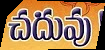
చదువు